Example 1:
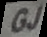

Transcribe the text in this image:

GJ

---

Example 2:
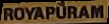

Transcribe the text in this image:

ROYAPURAM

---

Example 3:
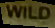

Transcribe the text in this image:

WILD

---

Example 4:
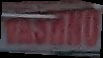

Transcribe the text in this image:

VASANO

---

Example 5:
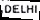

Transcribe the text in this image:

DELHI